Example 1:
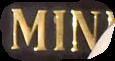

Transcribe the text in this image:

MIN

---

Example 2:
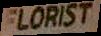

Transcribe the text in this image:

FLORIST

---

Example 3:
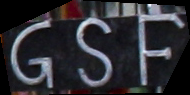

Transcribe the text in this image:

GSF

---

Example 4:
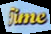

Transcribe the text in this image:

Time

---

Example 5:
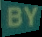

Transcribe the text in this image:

BY